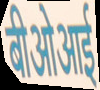
बीओआई